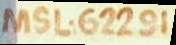
MSL:62291